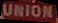
UNION